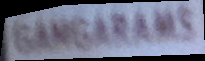
GANGARAMS